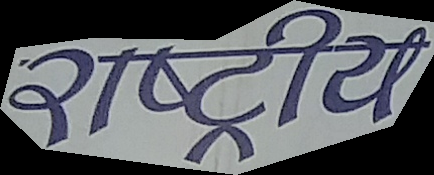
राष्ट्रीय